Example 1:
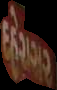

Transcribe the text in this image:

દહેયસર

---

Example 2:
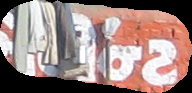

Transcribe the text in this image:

ન્ટ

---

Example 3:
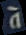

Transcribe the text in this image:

તે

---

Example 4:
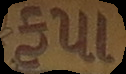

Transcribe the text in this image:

કૃપા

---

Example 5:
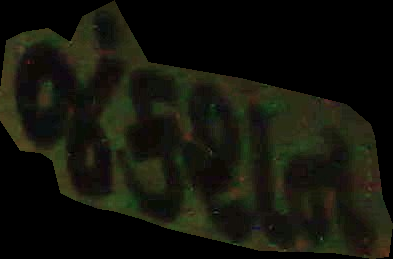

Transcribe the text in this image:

જંક્શન